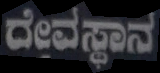
ದೇವಸ್ಥಾನ